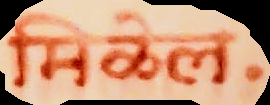
मिळल